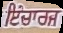
ਇੰਚਾਰਜ਼